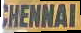
CHENNAI